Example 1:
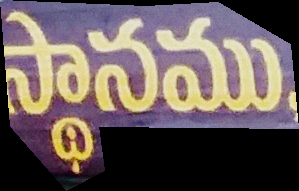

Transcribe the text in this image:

స్థానమ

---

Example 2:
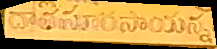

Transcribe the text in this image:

దాత సూరసాయన్న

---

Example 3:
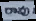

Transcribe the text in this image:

రావు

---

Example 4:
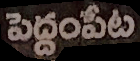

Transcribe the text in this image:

పెద్దంపేట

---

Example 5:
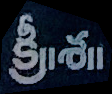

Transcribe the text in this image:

క్రీ॥శ॥